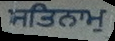
ਸਤਿਨਾਮੁ